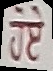
ਹੋਏ